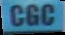
CGC